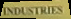
INDUSTRIES